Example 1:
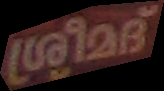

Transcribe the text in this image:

ശ്രീമദ്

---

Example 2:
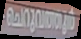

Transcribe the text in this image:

ചെറുവത്തൂർ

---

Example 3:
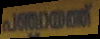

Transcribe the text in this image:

പഞ്ചായത്ത്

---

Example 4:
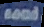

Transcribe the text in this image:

ഭക്തർ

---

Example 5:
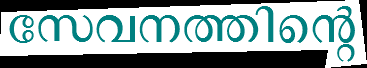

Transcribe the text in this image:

സേവനത്തിന്റെ